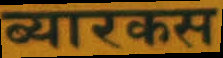
ब्यारकस